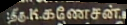
:திரு.K.கணேசன்